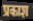
प्रकाश